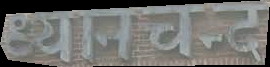
ध्यानचन्द